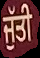
ਜੁੱਈ